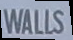
WALLS